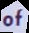
of